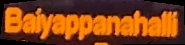
Baiyappanahalli